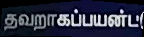
தவறாகப்பயன்ட்